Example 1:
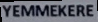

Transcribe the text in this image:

YEMMEKERE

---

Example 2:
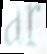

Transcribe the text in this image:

ar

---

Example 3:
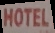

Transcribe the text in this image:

HOTEL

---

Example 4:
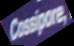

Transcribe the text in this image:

Cossipore,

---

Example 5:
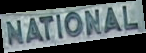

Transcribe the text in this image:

NATIONAL